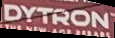
DYTRON